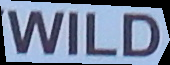
WILD